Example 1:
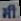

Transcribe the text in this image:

ਸੀ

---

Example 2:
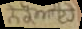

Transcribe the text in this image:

ਨੇਕੋਆਇਹੇ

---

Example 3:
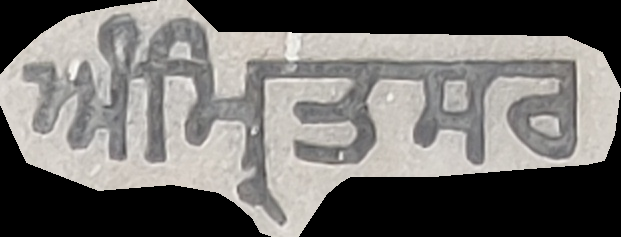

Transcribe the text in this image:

ਅੰਮ੍ਰਿਤਸਰ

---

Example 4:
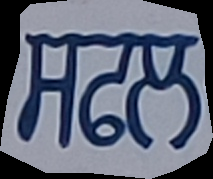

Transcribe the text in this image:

ਸਫਲ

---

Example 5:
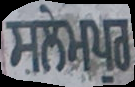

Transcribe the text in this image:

ਸਲੇਮਪੁਰ